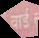
वार्ड